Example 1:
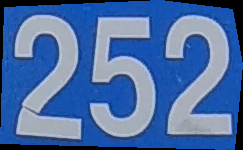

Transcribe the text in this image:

252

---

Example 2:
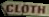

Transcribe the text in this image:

CLOTH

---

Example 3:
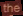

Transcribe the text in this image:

the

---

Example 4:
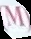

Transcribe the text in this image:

(M)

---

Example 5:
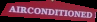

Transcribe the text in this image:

AIRCONDITIONED